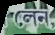
৷লেন